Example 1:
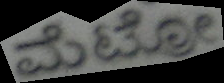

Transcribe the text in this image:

ಮೆಟ್ರೋ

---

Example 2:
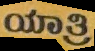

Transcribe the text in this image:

ಯಾತ್ರಿ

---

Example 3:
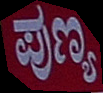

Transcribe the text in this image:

ಪುಣ್ಯ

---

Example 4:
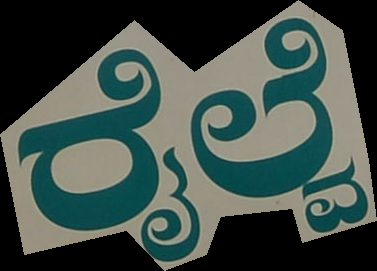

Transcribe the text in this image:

ರೈಲ್ವೆ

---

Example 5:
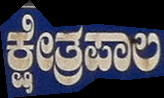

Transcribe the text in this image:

ಕ್ಷೇತ್ರಪಾಲ